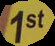
1st